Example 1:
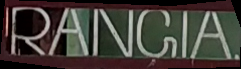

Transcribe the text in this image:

RANGIA.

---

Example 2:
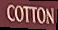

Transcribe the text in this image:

COTTON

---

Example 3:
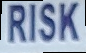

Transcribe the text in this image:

RISK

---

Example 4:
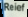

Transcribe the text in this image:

Reief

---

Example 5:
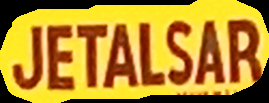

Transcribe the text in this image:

JETALSAR